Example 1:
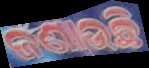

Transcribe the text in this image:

ଜଣାଉଛି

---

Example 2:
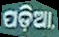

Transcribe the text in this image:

ପତ଼ିଆ,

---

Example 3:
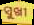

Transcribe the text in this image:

ସୁଖୀ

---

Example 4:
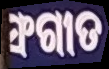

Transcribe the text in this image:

ସଂଗୀତ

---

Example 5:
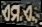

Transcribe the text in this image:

ଏମ.ଏ.,